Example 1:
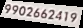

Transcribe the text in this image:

9902662419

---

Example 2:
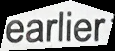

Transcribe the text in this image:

earlier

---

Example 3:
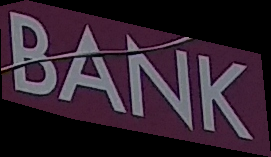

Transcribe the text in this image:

BANK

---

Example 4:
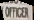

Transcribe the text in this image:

OFFICER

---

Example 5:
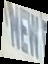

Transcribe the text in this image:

NEW